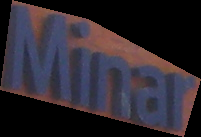
Minar